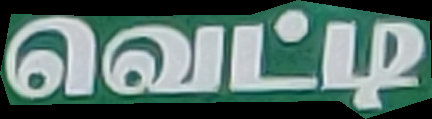
வெட்டி